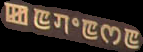
ꯀꯟꯚꯦꯟꯁꯟ